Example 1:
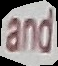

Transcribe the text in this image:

and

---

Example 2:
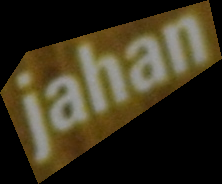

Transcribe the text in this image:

jahan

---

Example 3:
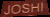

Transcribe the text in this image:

JOSHI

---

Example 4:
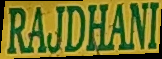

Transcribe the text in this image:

RAJDHANI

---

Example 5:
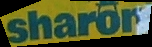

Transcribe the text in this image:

sharon